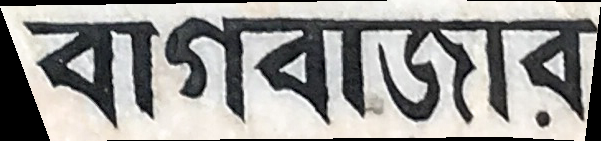
বাগবাজার